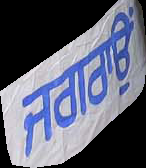
ਜਗਰਾਉਂ